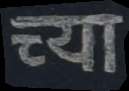
च्या